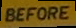
BEFORE